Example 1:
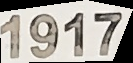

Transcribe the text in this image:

1917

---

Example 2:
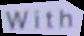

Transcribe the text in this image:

With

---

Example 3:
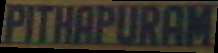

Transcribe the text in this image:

PITHAPURAM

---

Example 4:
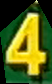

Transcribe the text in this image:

4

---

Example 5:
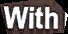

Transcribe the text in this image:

With